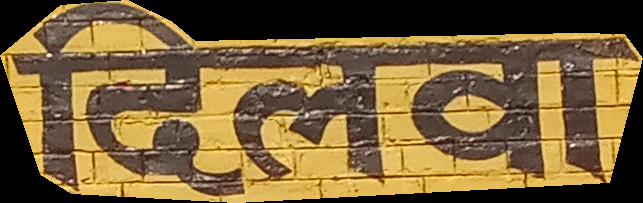
दिलवा